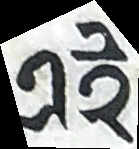
এই